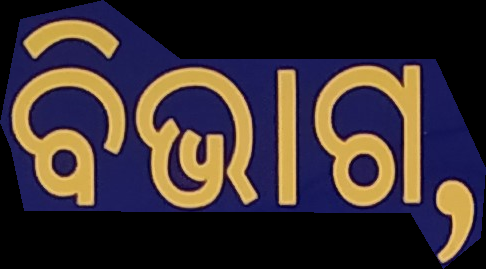
ବିଭାଗ,